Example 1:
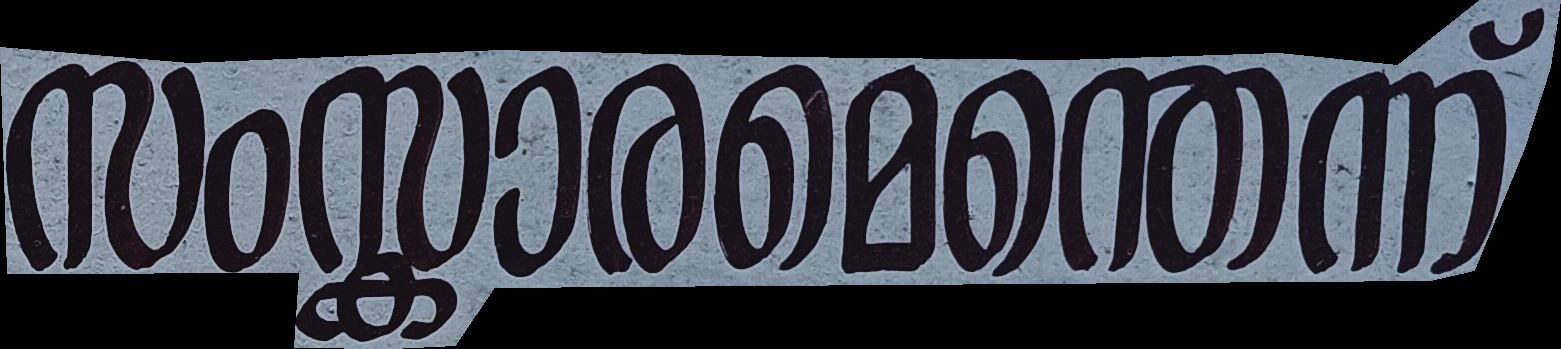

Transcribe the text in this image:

സംസ്കാരമെന്തെന്ന്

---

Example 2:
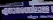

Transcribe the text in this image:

എനാതരത്തിലുള്ള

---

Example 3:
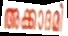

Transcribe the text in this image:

അക്കാദമി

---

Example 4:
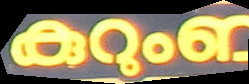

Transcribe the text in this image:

കുറുംങ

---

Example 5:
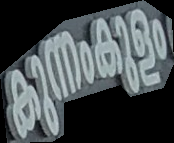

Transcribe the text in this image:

കുന്നംകുളം